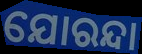
ଯୋରନ୍ଦା